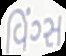
વિંગ્સ